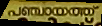
പഞ്ചായത്ത്